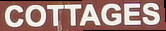
COTTAGES